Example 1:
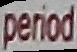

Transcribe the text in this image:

period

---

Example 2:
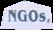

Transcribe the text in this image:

NGOs,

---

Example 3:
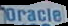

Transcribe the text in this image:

Oracle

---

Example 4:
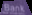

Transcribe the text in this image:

Bank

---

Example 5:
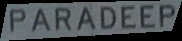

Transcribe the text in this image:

PARADEEP